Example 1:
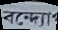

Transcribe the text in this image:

বন্দ্যো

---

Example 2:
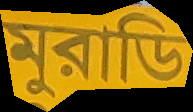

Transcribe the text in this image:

মুরাডি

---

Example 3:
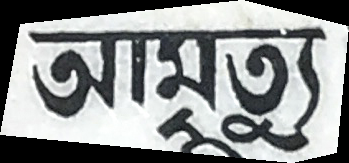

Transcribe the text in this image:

আমৃত্যু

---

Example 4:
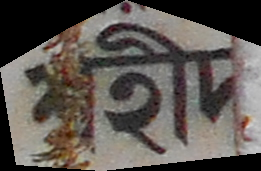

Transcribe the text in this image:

শহীদ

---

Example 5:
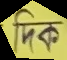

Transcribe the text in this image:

দিক